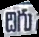
దిగు